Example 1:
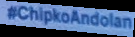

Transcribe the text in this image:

#ChipkoAndolan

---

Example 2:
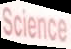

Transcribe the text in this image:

Science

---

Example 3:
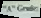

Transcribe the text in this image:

"A"Grade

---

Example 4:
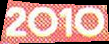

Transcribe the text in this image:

2010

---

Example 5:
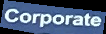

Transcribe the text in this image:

Corporate